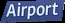
Airport